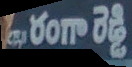
రంగా రెడ్డి